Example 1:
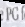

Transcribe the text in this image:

PC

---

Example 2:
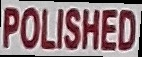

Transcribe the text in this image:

POLISHED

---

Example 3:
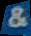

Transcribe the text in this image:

&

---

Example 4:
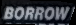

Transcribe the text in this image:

BORROW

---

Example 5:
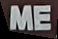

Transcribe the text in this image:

ME